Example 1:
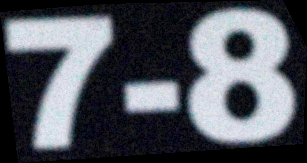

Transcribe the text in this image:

7-8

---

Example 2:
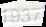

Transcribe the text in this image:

1937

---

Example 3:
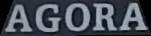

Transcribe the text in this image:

AGORA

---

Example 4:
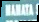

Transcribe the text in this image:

MAMATA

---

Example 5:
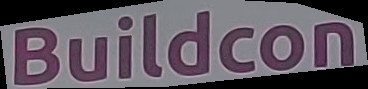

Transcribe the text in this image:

Buildcon